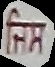
ਜਿਸ